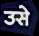
उसे